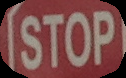
STOP